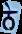
ਨੇ